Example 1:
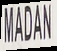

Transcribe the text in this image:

MADAN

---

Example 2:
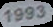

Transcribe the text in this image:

1993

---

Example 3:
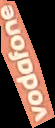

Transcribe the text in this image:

vodafone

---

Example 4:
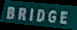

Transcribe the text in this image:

BRIDGE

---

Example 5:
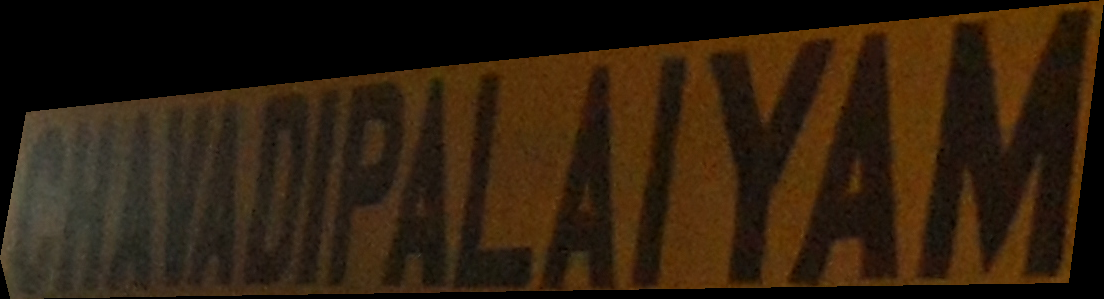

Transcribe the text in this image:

CHANADIPALAIYAM